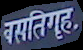
वसतिगृह,